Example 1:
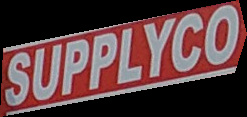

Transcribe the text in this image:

SUPPLYCO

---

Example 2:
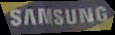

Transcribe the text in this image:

SAMSUNG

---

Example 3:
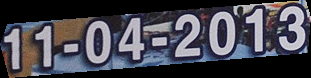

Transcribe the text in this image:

11-04-2013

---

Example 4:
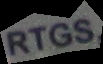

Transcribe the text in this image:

RTGS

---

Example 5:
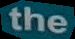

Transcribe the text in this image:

the